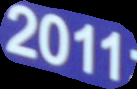
2011